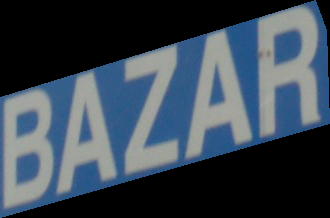
BAZAR